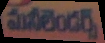
మనీలెండర్స్